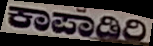
ಕಾಪಾಡಿರಿ